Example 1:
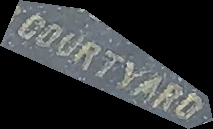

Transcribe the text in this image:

COURTYARD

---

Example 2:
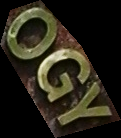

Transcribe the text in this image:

OGY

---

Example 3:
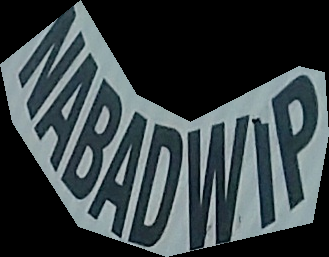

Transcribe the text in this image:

NABADWIP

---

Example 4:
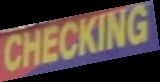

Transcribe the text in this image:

CHECKING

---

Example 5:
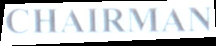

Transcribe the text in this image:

CHAIRMAN